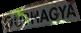
HAGYA